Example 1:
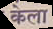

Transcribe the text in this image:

केला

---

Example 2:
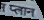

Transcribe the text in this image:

प्लान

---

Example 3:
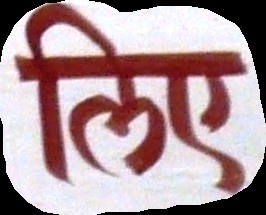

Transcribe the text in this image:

लिए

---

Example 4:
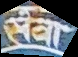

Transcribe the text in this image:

सेवा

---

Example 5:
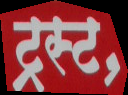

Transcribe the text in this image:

ट्रस्ट,